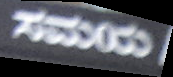
ಸಮಯ